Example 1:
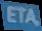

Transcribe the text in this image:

ETA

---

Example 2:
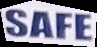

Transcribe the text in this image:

SAFE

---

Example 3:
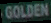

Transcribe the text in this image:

GOLDEN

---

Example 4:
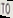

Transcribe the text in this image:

TO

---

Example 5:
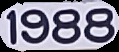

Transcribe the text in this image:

1988